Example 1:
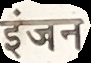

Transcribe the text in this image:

इंजन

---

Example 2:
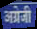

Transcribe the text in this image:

अग्रेजी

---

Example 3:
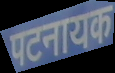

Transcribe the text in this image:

पटनायक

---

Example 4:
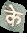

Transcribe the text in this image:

के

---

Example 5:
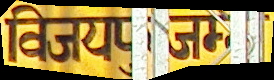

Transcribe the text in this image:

विजय